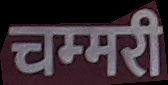
चम्मरी